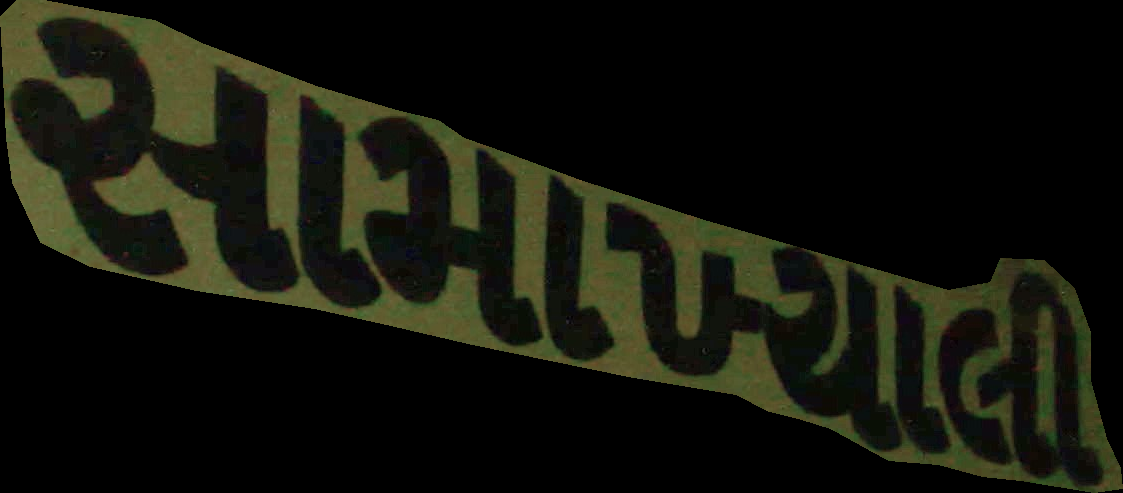
સામાખ્યાલી